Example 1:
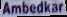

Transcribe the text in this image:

Ambedkar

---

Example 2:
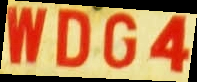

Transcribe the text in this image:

WDG4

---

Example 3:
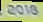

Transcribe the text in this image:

2018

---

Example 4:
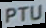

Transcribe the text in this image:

PTU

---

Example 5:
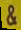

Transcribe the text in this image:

&